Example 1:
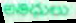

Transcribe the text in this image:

అతధులు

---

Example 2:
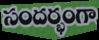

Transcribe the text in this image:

సందర్భంగా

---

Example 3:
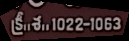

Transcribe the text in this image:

క్రీ॥శ॥ 1022-1063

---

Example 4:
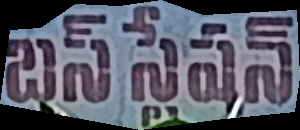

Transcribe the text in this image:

బస్ స్టేషన్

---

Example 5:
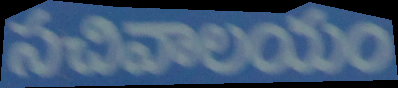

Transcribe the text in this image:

సచివాలయం